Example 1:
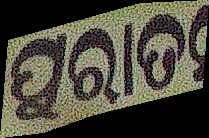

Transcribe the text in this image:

ପୁରାତ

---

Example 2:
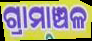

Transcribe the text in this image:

ଗ୍ରାମାଞ୍ଚଳ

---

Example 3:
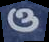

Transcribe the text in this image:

ଓ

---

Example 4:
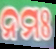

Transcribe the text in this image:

ନମ8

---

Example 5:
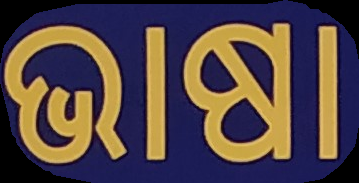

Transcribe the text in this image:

ଭାଷା